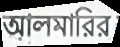
আলমারির